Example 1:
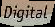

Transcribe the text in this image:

Digital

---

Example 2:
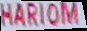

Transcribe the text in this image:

HARIOM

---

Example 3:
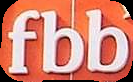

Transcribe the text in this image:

fbb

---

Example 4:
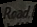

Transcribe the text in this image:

Road,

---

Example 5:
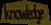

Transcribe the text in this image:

knowledge